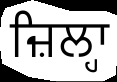
ਜ਼ਿਲ੍ਹਾ